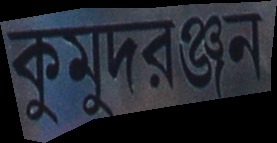
কুমুদরঞ্জন